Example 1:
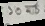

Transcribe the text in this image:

১৩ মার্চ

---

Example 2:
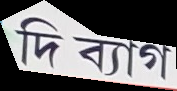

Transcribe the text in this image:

দিব্যগ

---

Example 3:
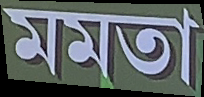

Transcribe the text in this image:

মমতা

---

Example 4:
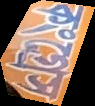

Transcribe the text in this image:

কংগ্রেস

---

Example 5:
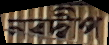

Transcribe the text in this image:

নবদ্বীপ